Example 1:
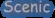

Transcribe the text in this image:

Scenic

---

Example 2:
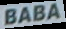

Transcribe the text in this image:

BABA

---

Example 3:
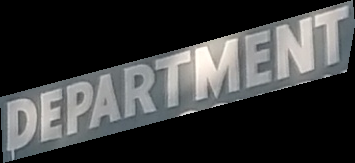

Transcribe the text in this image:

DEPARTMENT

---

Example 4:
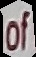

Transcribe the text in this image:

of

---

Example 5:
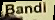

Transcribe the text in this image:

Bandi